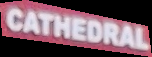
CATHEDRAL